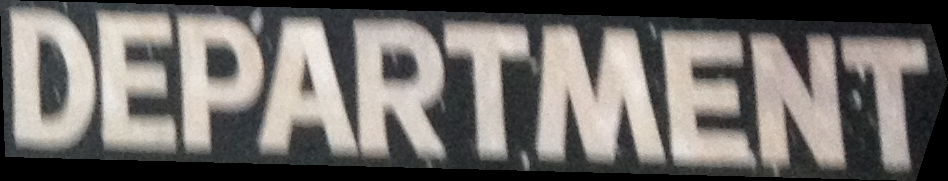
DEPARTMENT